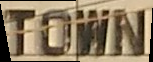
TOWN